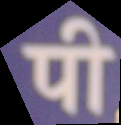
पी